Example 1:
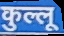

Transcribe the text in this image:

कुल्लू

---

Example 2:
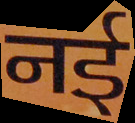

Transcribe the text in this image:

नई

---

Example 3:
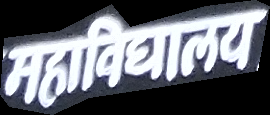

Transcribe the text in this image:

महाविद्यालय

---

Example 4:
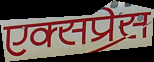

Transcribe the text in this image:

एक्सप्रेस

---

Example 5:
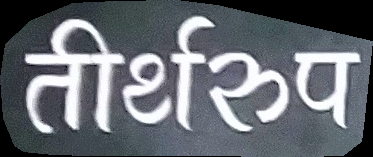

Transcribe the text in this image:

तीर्थरूप